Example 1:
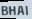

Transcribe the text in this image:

BHAI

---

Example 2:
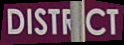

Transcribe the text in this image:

DISTRICT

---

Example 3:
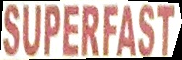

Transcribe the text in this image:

SUPERFAST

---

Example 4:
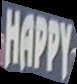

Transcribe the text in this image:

HAPPY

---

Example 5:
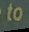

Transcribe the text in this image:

to